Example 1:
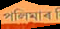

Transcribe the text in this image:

পলিমাৰ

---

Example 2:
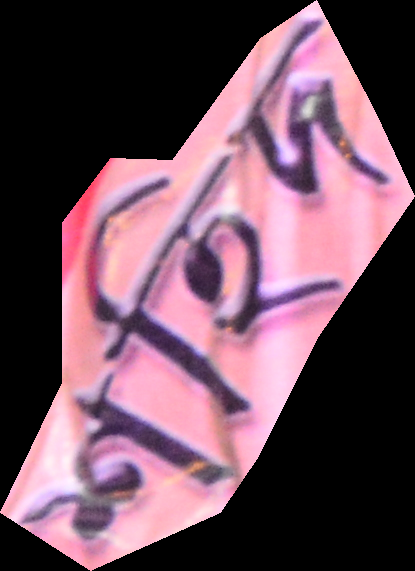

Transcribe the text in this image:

শহিদ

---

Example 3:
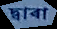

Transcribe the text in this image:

দ্বাৰা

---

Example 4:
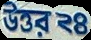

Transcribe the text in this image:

উত্তর ২৪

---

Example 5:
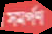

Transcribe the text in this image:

সমৰ্পণ